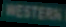
WESTERN